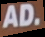
AD.